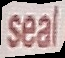
seal